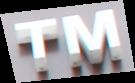
TM